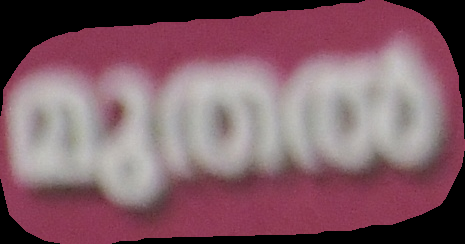
മുതൽ